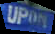
UPON